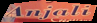
Anjali